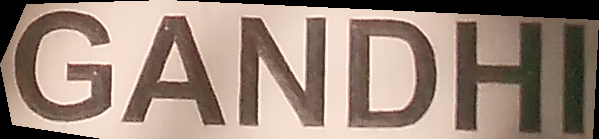
GANDHI